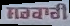
ਸਰਕਾਰੀ